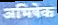
अभिषेक